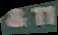
&11